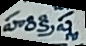
హరిక్రిష్ణ